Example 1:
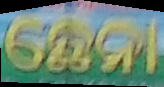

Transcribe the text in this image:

ଛେନା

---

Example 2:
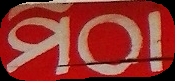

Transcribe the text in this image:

ମିଠା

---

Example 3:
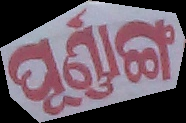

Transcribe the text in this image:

ପୂର୍ଣାଙ୍ଗ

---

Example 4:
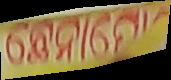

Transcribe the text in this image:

ଛେନାପୋ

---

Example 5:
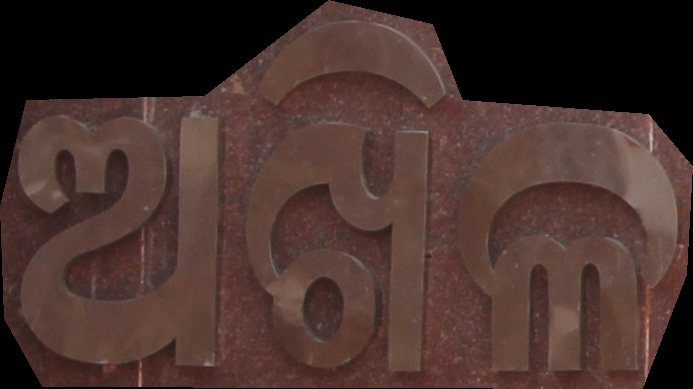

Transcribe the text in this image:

ଅଖିଳ